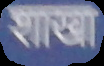
शाखा